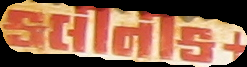
કલીતીક